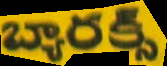
బ్యరక్స